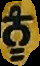
ਨੂੰ